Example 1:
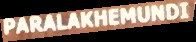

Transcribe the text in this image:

PARALAKHEMUNDI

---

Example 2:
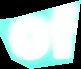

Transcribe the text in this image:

of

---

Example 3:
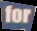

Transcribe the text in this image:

for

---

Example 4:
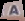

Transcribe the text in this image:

A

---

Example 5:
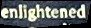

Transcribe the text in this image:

enlightened